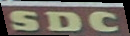
SDC